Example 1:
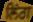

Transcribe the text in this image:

ਲਿਂਗ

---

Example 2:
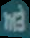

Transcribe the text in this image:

ਅਤੇ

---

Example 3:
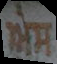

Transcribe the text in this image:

ਐਸ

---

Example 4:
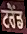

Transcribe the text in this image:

ਟਰੈਂਡ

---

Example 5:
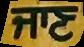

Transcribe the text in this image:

ਜਾਣ